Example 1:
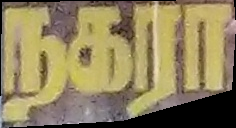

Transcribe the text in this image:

நகரா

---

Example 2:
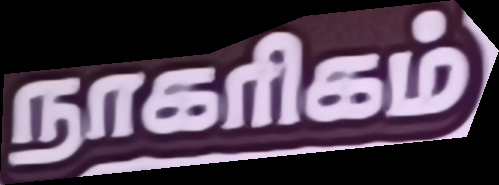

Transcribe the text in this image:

நாகரிகம்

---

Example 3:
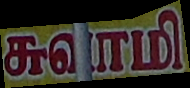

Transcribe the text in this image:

சுவாமி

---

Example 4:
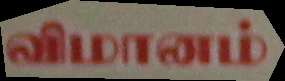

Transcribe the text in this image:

விமானம்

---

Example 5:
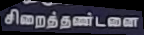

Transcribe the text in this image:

சிறைத்தண்டனை